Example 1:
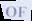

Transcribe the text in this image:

OF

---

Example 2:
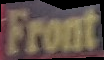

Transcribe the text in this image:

Front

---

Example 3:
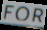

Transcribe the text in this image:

FOR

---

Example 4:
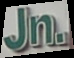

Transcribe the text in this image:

Jn.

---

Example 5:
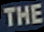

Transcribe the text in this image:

THE